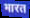
भारत